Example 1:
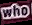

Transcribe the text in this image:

who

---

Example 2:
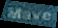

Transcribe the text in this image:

Mave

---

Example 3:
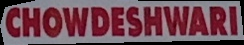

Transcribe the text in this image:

CHOWDESHWARI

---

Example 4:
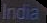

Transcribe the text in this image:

India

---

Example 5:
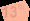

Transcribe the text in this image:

13th